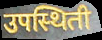
उपस्थिती